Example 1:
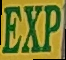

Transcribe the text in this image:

EXP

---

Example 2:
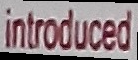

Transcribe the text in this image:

introduced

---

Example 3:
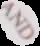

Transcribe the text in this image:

AND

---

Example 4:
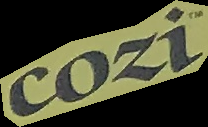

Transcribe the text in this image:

cozi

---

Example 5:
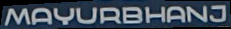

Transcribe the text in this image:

MAYURBHANJ